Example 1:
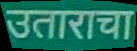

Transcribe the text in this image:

उताराचा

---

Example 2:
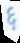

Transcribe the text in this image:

६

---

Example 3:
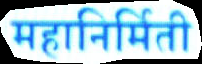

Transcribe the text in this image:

महानिर्मिती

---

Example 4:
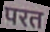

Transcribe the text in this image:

परत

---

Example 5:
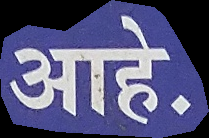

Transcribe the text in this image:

आहे.